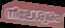
നിലേശ്വരം